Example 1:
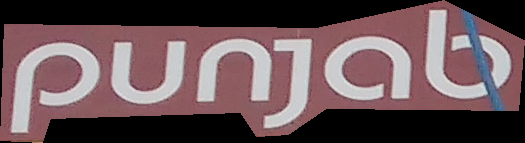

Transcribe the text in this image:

punjab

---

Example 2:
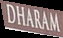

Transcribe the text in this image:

DHARAM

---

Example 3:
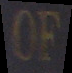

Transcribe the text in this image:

OF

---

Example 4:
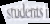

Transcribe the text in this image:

students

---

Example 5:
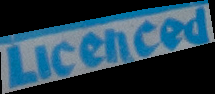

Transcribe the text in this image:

Licenced